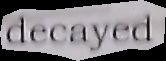
decayed